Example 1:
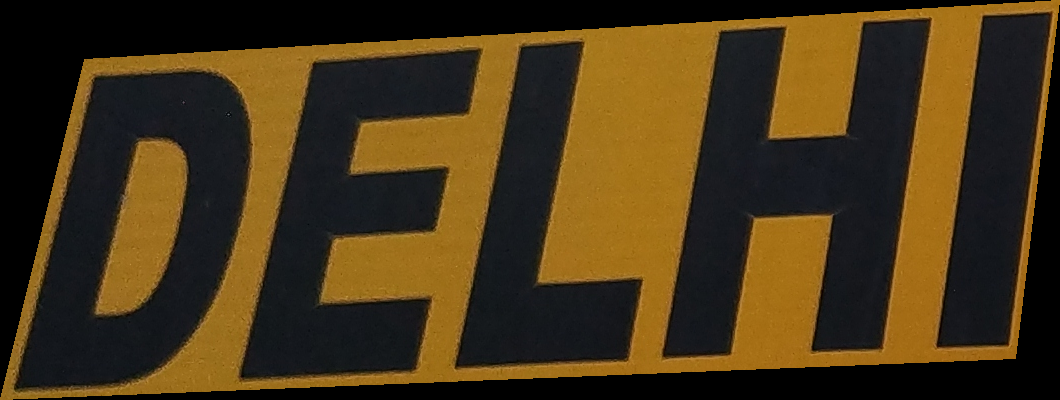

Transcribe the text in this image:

DELHI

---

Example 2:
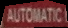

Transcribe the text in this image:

AUTOMATIC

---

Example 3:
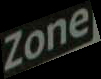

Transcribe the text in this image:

Zone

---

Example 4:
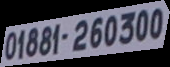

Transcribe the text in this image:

01881-260300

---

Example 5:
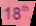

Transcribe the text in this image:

18th